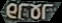
୧୮୪୮